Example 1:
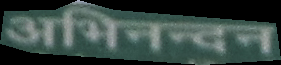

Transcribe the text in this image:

अभिनन्दन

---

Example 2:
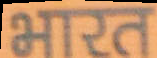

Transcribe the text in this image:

भारत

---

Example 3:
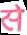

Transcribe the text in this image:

से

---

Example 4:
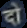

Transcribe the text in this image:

दो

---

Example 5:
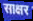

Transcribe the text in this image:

साक्षर